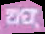
ଅଫ୍